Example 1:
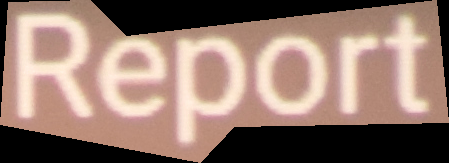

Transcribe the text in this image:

Report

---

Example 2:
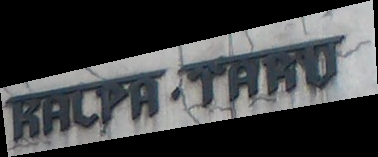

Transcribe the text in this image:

KALPA-TARO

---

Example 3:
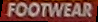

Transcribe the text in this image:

FOOTWEAR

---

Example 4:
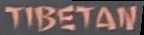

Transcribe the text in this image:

TIBETAN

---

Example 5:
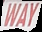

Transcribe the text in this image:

WAY